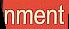
nment